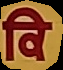
ਕਿ